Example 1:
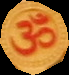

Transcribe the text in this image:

ॐ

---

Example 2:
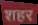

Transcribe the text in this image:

शहर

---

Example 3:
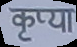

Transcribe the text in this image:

कृप्या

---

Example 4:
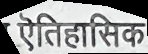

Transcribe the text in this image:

ऎतिहासिक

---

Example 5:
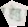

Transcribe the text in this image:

हेतु